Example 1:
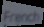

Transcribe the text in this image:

French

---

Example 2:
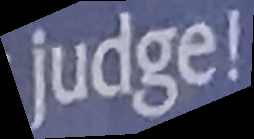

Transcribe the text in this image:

judge!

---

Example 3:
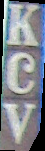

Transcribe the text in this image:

KCV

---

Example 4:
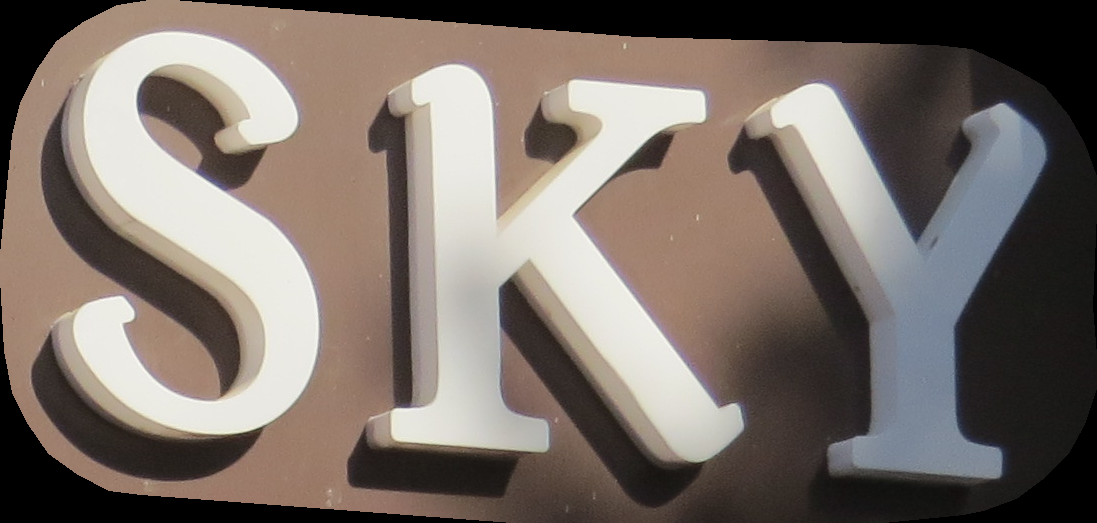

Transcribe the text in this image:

SKY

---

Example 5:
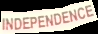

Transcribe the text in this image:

INDEPENDENCE